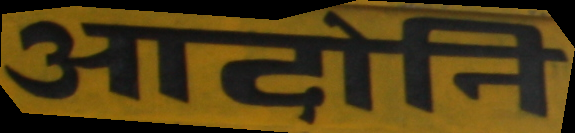
आदोनि